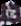
रोड